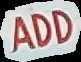
ADD